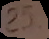
25.